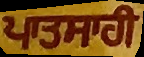
ਪਾਤਸਾਹੀ